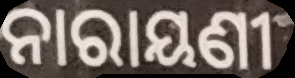
ନାରାୟଣୀ